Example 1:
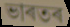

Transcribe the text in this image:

ভাৰতৰ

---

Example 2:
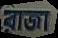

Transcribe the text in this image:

রাজা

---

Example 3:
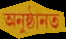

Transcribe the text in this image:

অনুষ্ঠানত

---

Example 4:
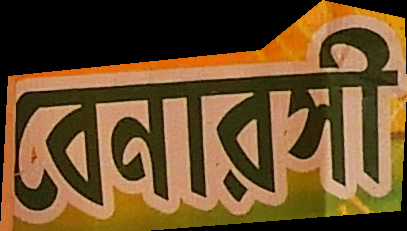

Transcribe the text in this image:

বেনারসী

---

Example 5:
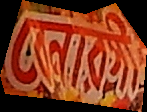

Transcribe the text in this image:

বেনারসী